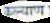
कल्याण